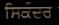
ਸਿਕੰਦਰ